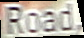
Road,